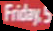
Friday,5